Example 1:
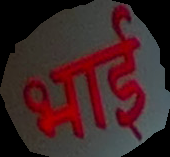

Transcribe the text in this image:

भाई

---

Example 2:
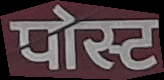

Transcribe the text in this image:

पोस्ट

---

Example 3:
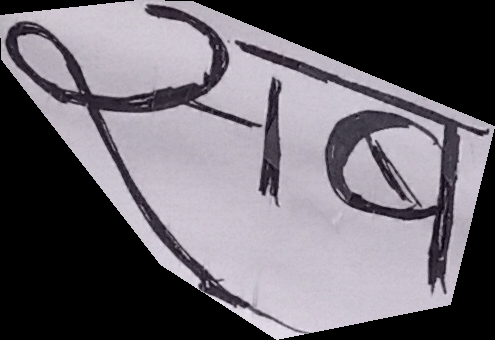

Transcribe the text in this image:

सब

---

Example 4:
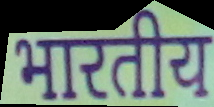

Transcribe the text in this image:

भारतीय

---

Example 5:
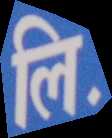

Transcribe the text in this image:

लि.